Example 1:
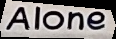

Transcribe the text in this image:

Alone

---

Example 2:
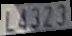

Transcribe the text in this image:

L4323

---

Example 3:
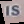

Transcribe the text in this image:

IS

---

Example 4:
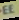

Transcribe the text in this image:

EE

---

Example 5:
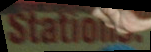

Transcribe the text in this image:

Stations.